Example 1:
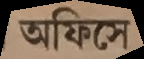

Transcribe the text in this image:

অফিসে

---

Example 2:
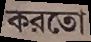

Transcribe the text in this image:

করতো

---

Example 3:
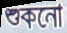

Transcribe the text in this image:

শুকনো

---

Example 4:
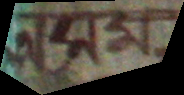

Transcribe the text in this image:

অসম,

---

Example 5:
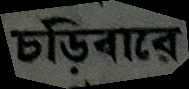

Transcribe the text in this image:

চড়িবারে